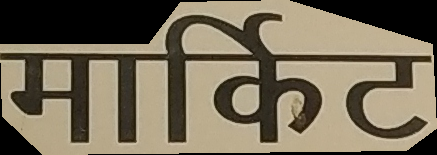
मार्किट